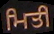
ਮਿਤੀ